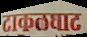
टाकलघाट